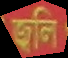
জলি